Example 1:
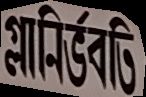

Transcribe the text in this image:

গ্লানির্ভবতি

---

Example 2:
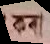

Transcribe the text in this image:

কৰা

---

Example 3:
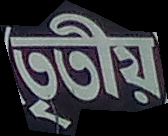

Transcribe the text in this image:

তৃতীয়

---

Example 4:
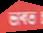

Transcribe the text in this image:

ভাৰত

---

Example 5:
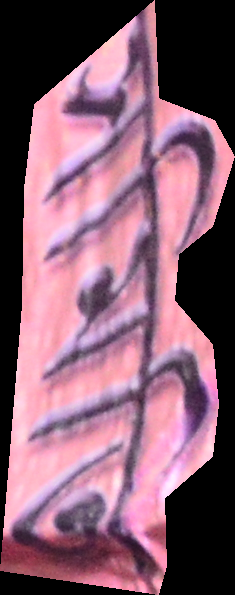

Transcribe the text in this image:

সমিতি